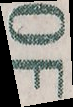
OF